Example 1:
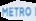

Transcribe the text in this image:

METRO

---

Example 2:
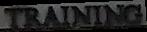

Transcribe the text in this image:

TRAINING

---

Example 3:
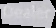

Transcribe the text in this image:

Dealer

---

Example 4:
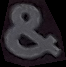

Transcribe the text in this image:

&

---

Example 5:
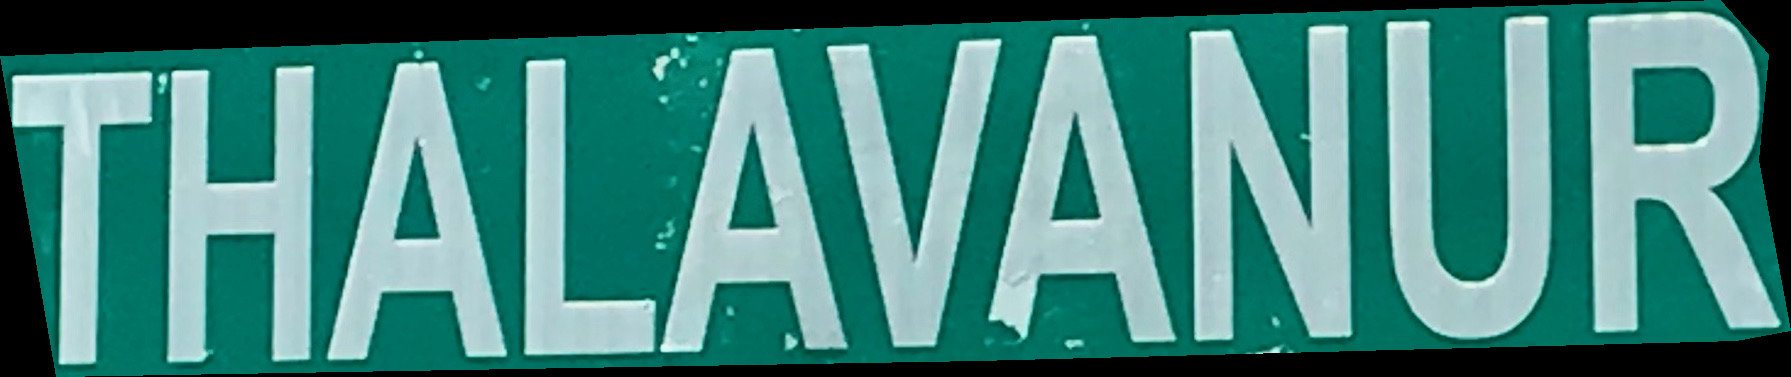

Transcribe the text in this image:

THALAVANUR